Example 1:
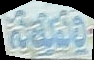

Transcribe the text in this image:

సత్తుపల్లి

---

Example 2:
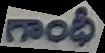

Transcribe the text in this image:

గాంధీ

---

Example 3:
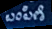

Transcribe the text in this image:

బంపిణీ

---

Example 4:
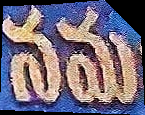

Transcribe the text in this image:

నమ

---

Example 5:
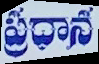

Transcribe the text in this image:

ప్రధాన